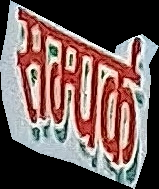
सम्पर्क